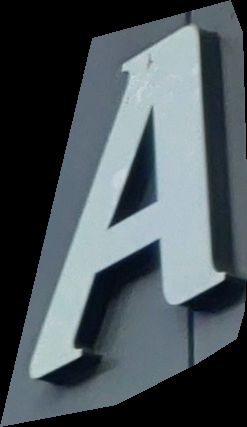
A